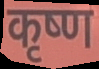
कृष्ण